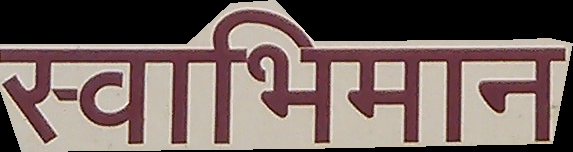
स्वाभिमान